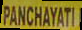
PANCHAYATI